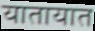
यातायात